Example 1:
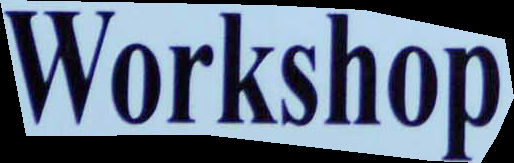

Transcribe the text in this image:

Workshop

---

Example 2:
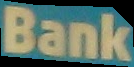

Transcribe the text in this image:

Bank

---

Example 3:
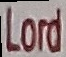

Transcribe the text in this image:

Lord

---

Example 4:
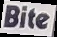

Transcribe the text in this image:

Bite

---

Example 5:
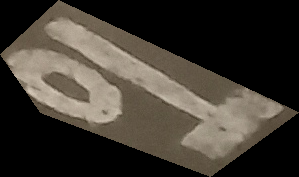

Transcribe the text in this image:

To